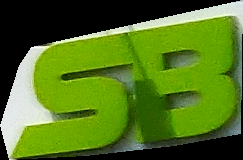
SB